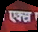
एक्स